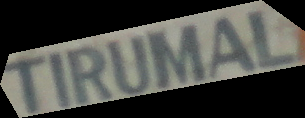
TIRUMAL